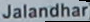
Jalandhar